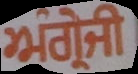
ਅੰਗ੍ਰੇਜੀ